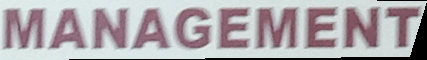
MANAGEMENT